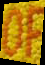
OF